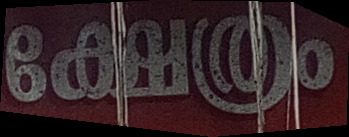
ക്ഷേത്രം